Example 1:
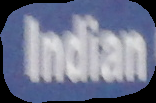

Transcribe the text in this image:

Indian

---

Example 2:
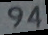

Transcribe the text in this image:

94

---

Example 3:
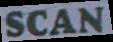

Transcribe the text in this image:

SCAN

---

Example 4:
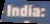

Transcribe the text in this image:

India:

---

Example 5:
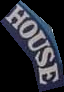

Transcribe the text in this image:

HOUSE